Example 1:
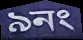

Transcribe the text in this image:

৯নং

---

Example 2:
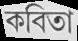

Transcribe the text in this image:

কবিতা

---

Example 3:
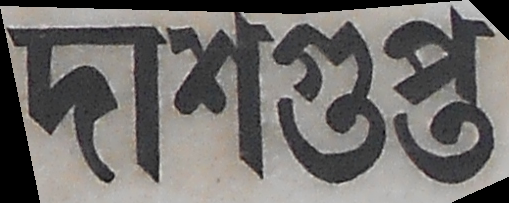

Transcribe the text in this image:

দাশগুপ্ত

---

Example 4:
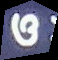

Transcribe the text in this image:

ও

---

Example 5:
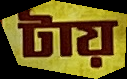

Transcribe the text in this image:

টায়